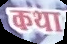
कथा